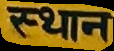
स्थान